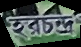
হরচন্দ্র